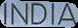
INDIA